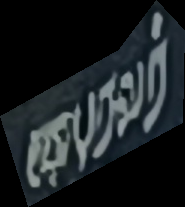
பைரவர்